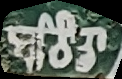
ਬਠਿੰਡਾ